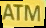
ATM